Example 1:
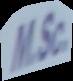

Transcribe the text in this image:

M.Sc.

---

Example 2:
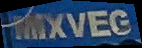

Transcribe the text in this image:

MIXVEG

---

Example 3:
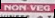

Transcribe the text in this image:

NON-VEG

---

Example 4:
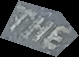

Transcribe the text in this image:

THE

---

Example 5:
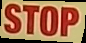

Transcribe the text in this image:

STOP